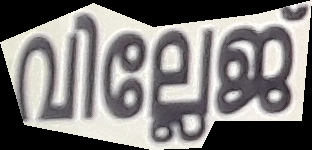
വില്ലേജ്